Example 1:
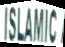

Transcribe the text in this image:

ISLAMIC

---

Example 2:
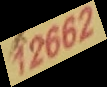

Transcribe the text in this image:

12662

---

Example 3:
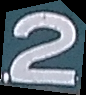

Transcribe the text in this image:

2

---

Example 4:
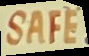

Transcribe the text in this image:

SAFE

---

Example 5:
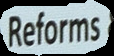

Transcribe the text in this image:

Reforms